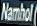
Namhol